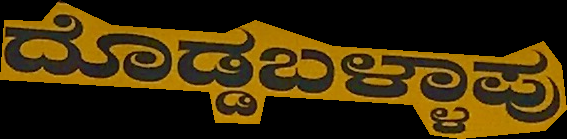
ದೊಡ್ಡಬಳ್ಳಾಪು